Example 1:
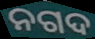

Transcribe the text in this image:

ନଗଦ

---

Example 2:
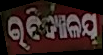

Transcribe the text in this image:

ଭୂବିଦ୍ୟାଳୟ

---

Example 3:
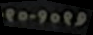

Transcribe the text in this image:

୧୦-୨୦୧୭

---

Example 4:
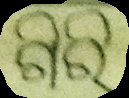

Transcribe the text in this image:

ଗିରି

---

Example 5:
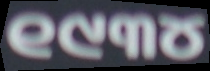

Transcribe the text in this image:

୧୯୩୪